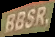
BBSR,